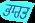
ਭਾਰਤ